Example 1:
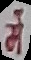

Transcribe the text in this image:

में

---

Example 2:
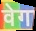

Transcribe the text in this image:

वेग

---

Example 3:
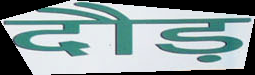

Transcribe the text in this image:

दौड़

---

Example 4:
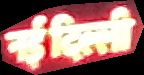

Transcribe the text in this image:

नई दिल्ली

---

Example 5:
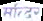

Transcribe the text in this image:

मन्दिर